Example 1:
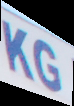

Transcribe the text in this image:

KG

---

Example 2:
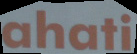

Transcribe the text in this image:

ahati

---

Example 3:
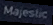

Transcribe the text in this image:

Majestic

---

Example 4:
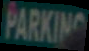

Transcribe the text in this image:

PARKING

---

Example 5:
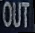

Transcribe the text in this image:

OUT